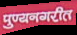
पुण्यनगरीत